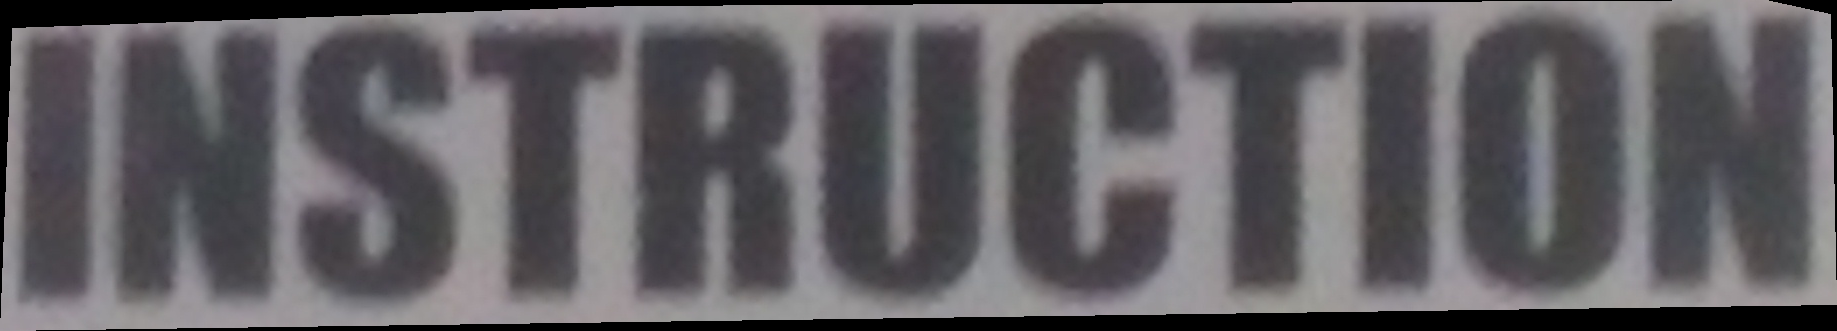
INSTRUCTION